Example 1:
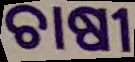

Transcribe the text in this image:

ଚାଷୀ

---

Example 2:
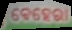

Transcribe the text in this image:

ବେହେରା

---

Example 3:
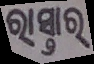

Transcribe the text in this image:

ରାସ୍ତାର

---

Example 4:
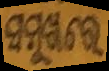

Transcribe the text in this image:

ସମୁଖରେ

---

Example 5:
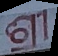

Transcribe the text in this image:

ଶ୍ରୀ